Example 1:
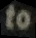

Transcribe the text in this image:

to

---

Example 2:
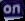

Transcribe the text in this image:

on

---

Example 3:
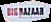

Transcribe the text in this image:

BIGBAZAAR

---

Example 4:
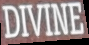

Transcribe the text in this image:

DIVINE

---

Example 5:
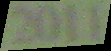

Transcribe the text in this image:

2011